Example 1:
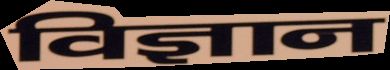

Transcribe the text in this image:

वि‍ज्ञान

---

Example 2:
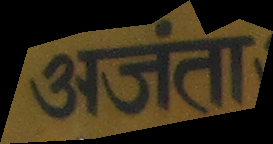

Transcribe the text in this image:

अजंता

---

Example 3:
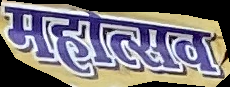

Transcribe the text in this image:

महोत्सव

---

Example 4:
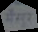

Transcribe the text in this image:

मैसूर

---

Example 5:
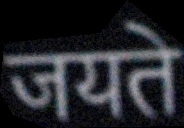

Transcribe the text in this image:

जयते